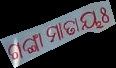
ଗଙ୍ଗା ମାତାତଃ